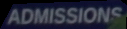
ADMISSIONS